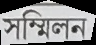
সম্মিলন